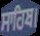
ਸਾਹਿਬ1